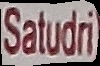
Satudri